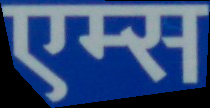
एम्स